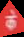
के